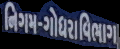
નિગમઃગોધરાવિભાગ